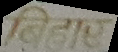
बिहार